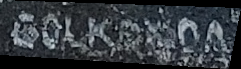
GOLCONDA